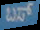
ಬಸ್